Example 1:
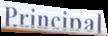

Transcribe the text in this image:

Principal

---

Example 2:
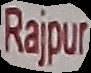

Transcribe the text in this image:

Rajpur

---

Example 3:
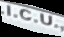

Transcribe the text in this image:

I.C.U.,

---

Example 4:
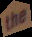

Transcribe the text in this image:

the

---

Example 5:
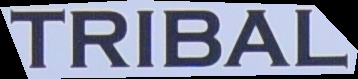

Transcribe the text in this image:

TRIBAL